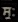
ਸ੍ਰ: